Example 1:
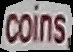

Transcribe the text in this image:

coins,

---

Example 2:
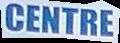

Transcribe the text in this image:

CENTRE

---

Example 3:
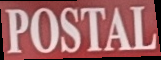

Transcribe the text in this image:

POSTAL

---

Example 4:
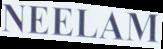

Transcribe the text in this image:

NEELAM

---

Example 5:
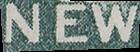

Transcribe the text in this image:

NEW